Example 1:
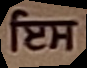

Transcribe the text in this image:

ਇਸ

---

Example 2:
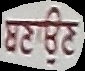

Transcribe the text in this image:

ਬਣਾਉਣ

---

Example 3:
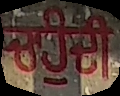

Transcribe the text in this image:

ਚਾਹੁੰਦੀ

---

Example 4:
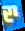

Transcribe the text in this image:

ਦਾ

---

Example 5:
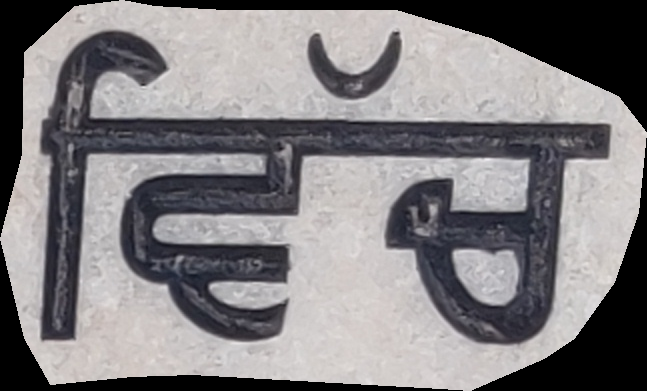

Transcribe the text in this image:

ਵਿੱਚ